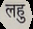
लहु